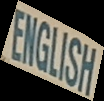
ENGLISH